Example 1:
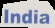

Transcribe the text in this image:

India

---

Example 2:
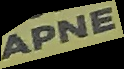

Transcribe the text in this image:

APNE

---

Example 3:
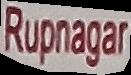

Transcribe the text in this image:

Rupnagar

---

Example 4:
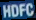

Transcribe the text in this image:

HDFC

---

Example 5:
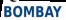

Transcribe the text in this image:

BOMBAY